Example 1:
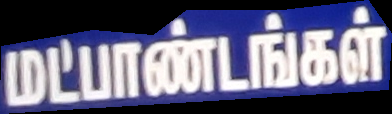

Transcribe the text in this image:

மட்பாண்டங்கள்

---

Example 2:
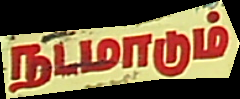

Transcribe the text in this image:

நடமாடும்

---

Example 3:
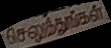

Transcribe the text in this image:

செலுத்துங்கள்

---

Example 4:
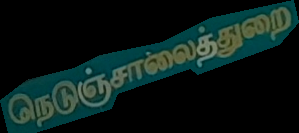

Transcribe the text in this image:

நெடுஞ்சாலைத்துறை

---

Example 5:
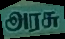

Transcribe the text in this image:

அரசு